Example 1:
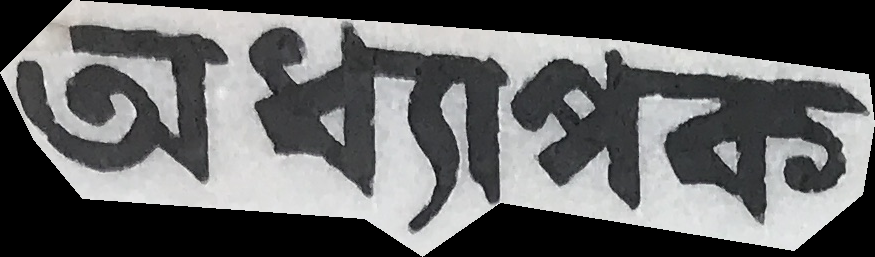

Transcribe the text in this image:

অধ্যাপক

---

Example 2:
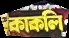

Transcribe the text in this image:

কাকলি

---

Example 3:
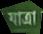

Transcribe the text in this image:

যাত্রা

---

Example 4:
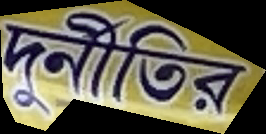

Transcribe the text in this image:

দুর্নীতির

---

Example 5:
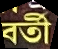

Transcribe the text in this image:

বতী